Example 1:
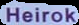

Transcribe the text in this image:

Heirok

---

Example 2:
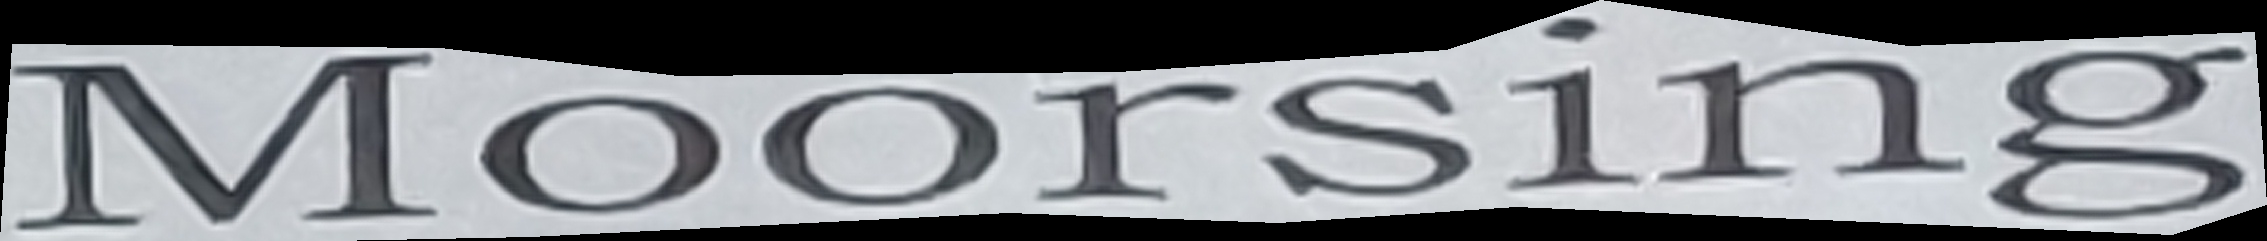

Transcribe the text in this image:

Moorsing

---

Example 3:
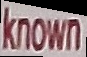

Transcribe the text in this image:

known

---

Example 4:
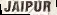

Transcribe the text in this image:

JAIPUR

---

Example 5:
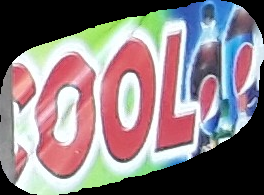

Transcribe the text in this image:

COOL